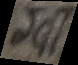
ग्वा